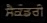
ਸੈਕਂਡਰੀ